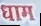
धाम